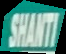
SHANTI